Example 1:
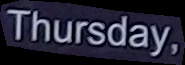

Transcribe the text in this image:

Thursday,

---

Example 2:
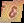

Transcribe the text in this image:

&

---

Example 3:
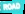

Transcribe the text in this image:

ROAD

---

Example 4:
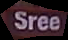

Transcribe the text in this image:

Sree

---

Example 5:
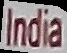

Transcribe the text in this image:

India